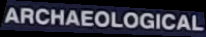
ARCHAEOLOGICAL